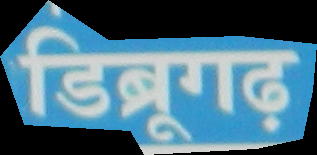
डिब्रूगढ़